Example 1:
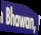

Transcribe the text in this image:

Bhawan,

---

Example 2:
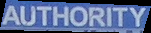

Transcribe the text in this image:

AUTHORITY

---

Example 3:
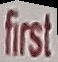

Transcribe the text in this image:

first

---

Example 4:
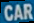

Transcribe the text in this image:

CAR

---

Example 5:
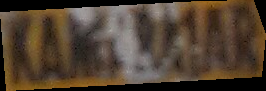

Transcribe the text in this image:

KAMARAJAR